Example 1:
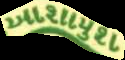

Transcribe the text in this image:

આશાપુશ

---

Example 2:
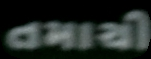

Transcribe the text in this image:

તમાચી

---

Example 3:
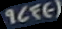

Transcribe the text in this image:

૧૮૬૯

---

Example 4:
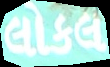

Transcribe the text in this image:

લોકલ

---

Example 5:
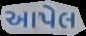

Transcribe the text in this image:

આ૫ેલ